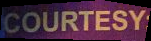
COURTESY